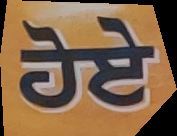
ਹੋਏ